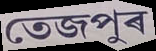
তেজপুৰ